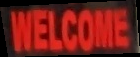
WELCOME